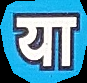
या